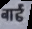
वार्ड